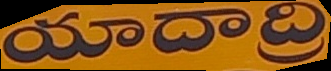
యాదాద్రి